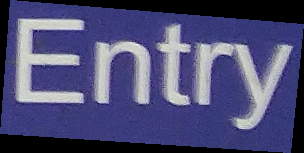
Entry